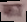
का